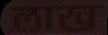
लाख